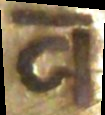
व